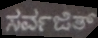
ಸರ್ವಜಿತ್